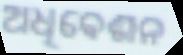
ଅଧୂବେଶନ